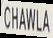
CHAWLA